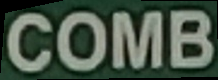
COMB